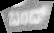
ಬಂದ್